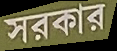
সরকার